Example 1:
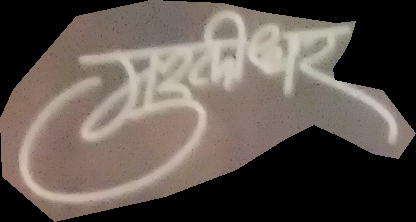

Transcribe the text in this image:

मुरलीधर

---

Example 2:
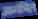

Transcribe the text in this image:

आमंत्रित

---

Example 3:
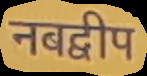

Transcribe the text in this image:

नबद्वीप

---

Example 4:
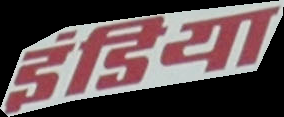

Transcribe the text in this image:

इंडिया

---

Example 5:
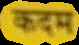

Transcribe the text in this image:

कदम